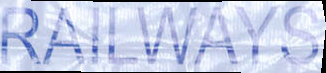
RAILWAYS